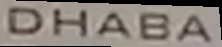
DHABA